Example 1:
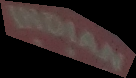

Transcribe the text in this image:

INDIAN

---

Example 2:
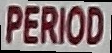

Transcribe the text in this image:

PERIOD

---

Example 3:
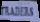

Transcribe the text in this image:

TRADERS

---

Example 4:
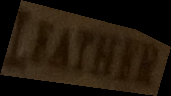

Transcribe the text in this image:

LEATHER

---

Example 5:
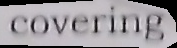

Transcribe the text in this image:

covering